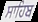
ਸਾਹਿਬ